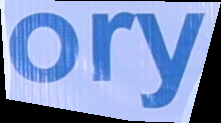
ory